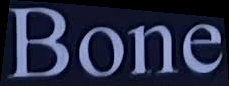
Bone